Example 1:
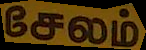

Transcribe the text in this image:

சேலம்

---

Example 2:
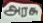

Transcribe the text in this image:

அரசு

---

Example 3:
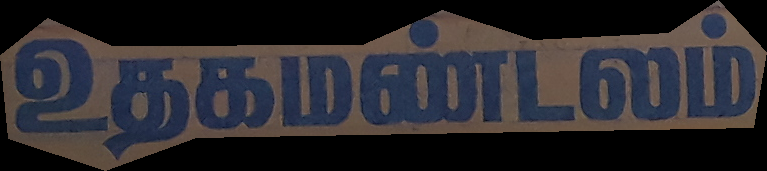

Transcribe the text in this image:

உதகமண்டலம்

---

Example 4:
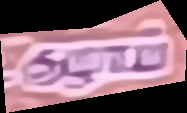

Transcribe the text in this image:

குழாம்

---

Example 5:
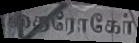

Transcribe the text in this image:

தரோகோ்